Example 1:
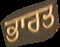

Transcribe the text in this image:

ਭਾਰਤ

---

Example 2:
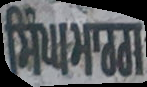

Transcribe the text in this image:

ਸਿੰਘਮਾਰਗ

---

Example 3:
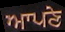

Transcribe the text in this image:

ਆਪਣੇ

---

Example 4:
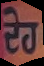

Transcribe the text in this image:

ਦੇਹ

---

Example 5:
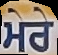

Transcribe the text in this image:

ਮੇਰੇ